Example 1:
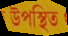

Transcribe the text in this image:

উপস্থিত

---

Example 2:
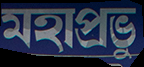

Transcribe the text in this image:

মহাপ্ৰভু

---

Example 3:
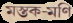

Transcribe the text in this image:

মস্তক৲মণি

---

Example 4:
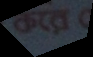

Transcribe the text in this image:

করে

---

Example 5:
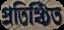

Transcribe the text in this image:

প্রতিষ্ঠিত